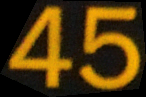
45